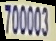
700003